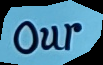
Our